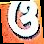
ઉ